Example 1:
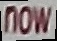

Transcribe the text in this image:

now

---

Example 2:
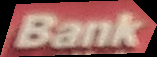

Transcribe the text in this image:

Bank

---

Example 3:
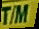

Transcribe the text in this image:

T/M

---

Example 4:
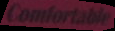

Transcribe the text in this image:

Comfortable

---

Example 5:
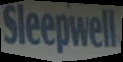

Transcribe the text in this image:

Sleepwell